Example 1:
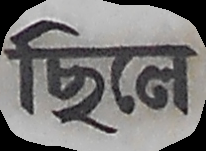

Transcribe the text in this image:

ছিলে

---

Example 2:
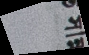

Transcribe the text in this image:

সন্নি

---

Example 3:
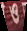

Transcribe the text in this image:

ও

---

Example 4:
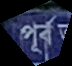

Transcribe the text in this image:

পূর্ব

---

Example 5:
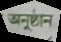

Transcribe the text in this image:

অনুষ্ঠান